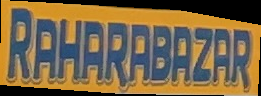
RAHARABAZAR